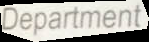
Department